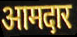
आमदार